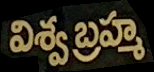
విశ్వబ్రహ్మ